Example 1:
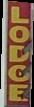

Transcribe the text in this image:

LODOE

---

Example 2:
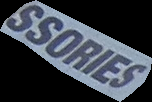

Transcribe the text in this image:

SSORIES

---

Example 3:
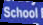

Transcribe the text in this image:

School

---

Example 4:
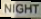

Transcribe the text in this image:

NIGHT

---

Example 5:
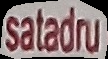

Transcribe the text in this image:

satadru